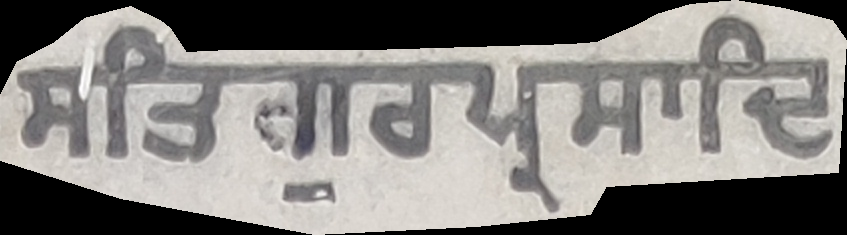
ਸਤਿਗੁਰਪ੍ਰਸਾਦਿ